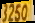
3250